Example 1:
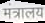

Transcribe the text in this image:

मंत्रालय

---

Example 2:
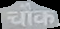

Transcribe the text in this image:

चौक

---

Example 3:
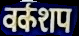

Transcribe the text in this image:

वर्कशप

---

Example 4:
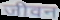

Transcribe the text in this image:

जीवन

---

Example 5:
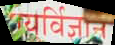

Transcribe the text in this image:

यर्विज्ञान